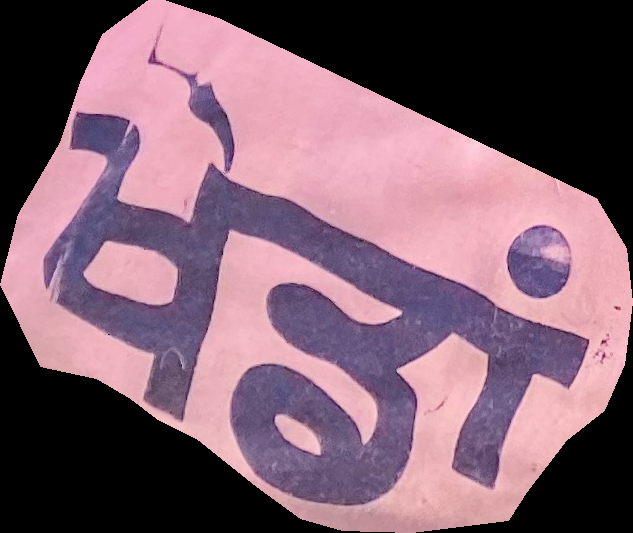
ਖੇਡਾਂ